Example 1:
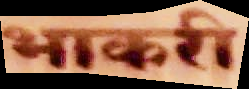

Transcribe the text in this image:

भाकरी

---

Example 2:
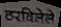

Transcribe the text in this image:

ठरविलेले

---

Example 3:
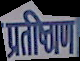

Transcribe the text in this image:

प्रतीष्ठाण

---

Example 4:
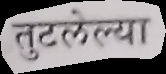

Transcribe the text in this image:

तुटलेल्या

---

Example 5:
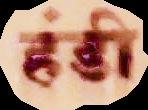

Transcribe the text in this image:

हंडी